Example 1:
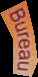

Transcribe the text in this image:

Bureau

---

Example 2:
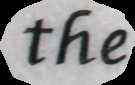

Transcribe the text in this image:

the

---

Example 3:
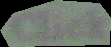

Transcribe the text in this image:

Click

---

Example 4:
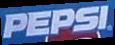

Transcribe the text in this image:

PEPSI.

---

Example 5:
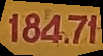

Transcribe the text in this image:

184.71